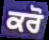
ਕਰੋ